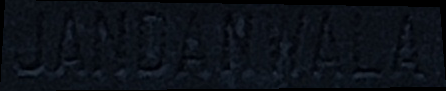
JANDANWALA